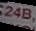
24B,